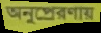
অনুপ্রেরণায়